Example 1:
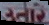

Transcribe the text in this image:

उतारें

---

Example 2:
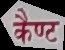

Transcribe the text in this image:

कैण्ट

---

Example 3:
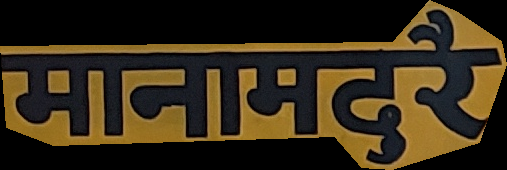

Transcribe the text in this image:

मानामदुरै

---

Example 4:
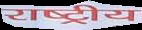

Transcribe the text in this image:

राष्ट्रीय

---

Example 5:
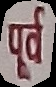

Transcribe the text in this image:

पूर्व